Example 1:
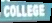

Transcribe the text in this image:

COLLEGE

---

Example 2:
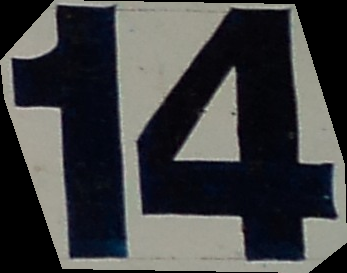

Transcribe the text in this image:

14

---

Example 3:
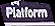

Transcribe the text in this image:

Platform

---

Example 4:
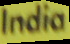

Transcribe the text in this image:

India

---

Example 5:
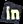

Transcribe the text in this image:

in